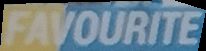
FAVOURITE